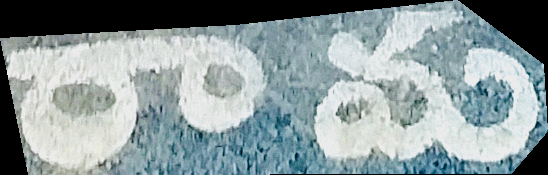
రామ